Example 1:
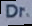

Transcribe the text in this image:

Dr.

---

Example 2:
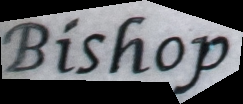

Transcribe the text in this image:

Bishop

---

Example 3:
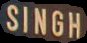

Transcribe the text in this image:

SINGH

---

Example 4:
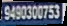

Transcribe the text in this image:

9490300753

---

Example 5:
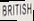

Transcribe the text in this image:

BRITISH